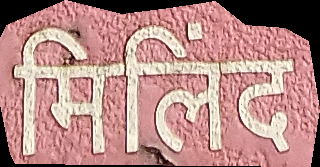
मिलिंद